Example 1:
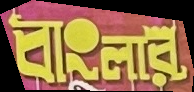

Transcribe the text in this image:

বাংলার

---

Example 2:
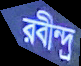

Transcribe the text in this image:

রবীন্দ্র্র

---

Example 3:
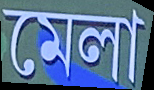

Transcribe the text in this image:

মেলা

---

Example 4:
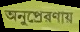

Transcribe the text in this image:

অনুপ্রেরণায়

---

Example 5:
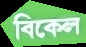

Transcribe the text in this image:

বিকেল